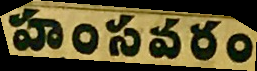
హంసవరం